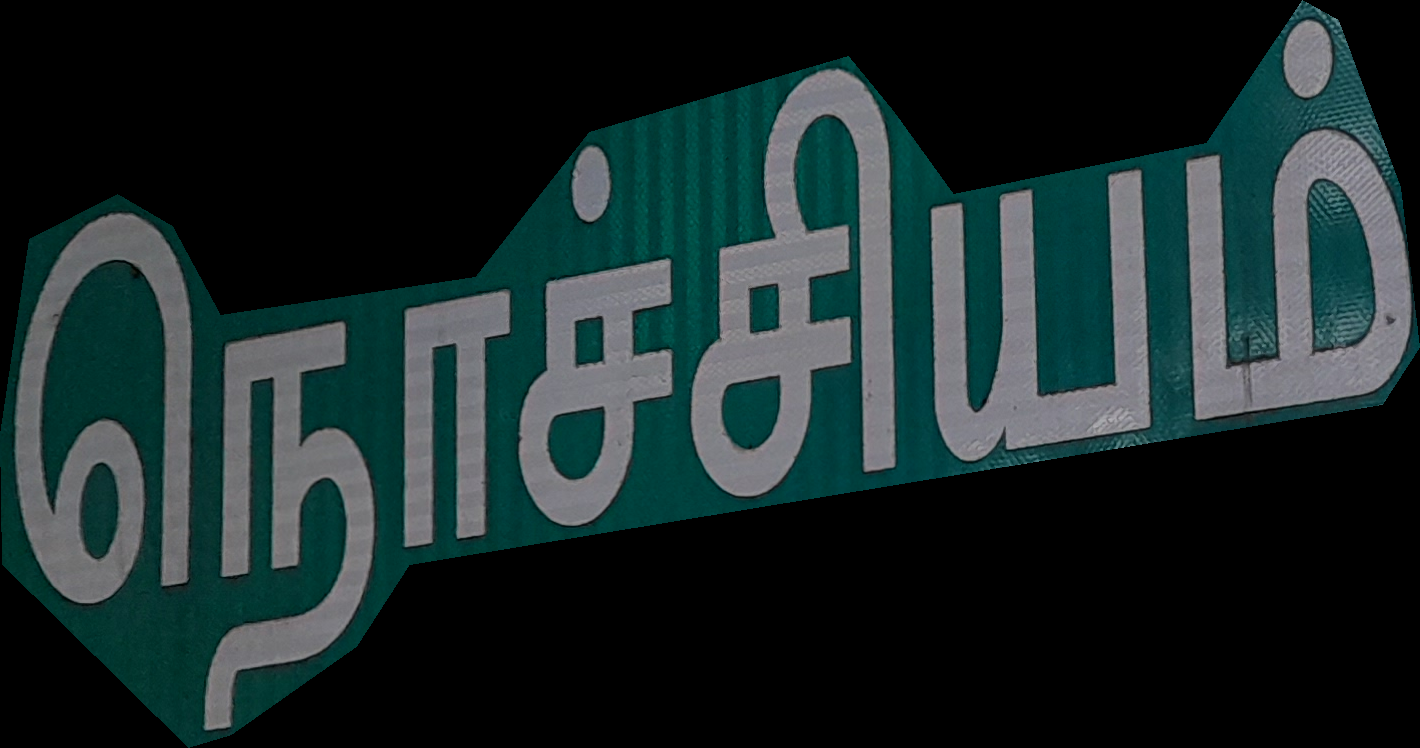
நொச்சியம்